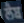
ਲੈਬ